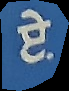
ਏ.